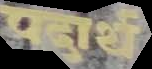
पदार्थ